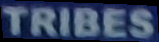
TRIBES